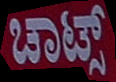
ಚಾಟ್ಸ್